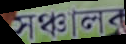
সঞ্চালক